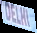
DELHI